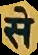
से